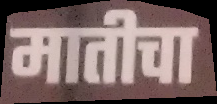
मातीचा